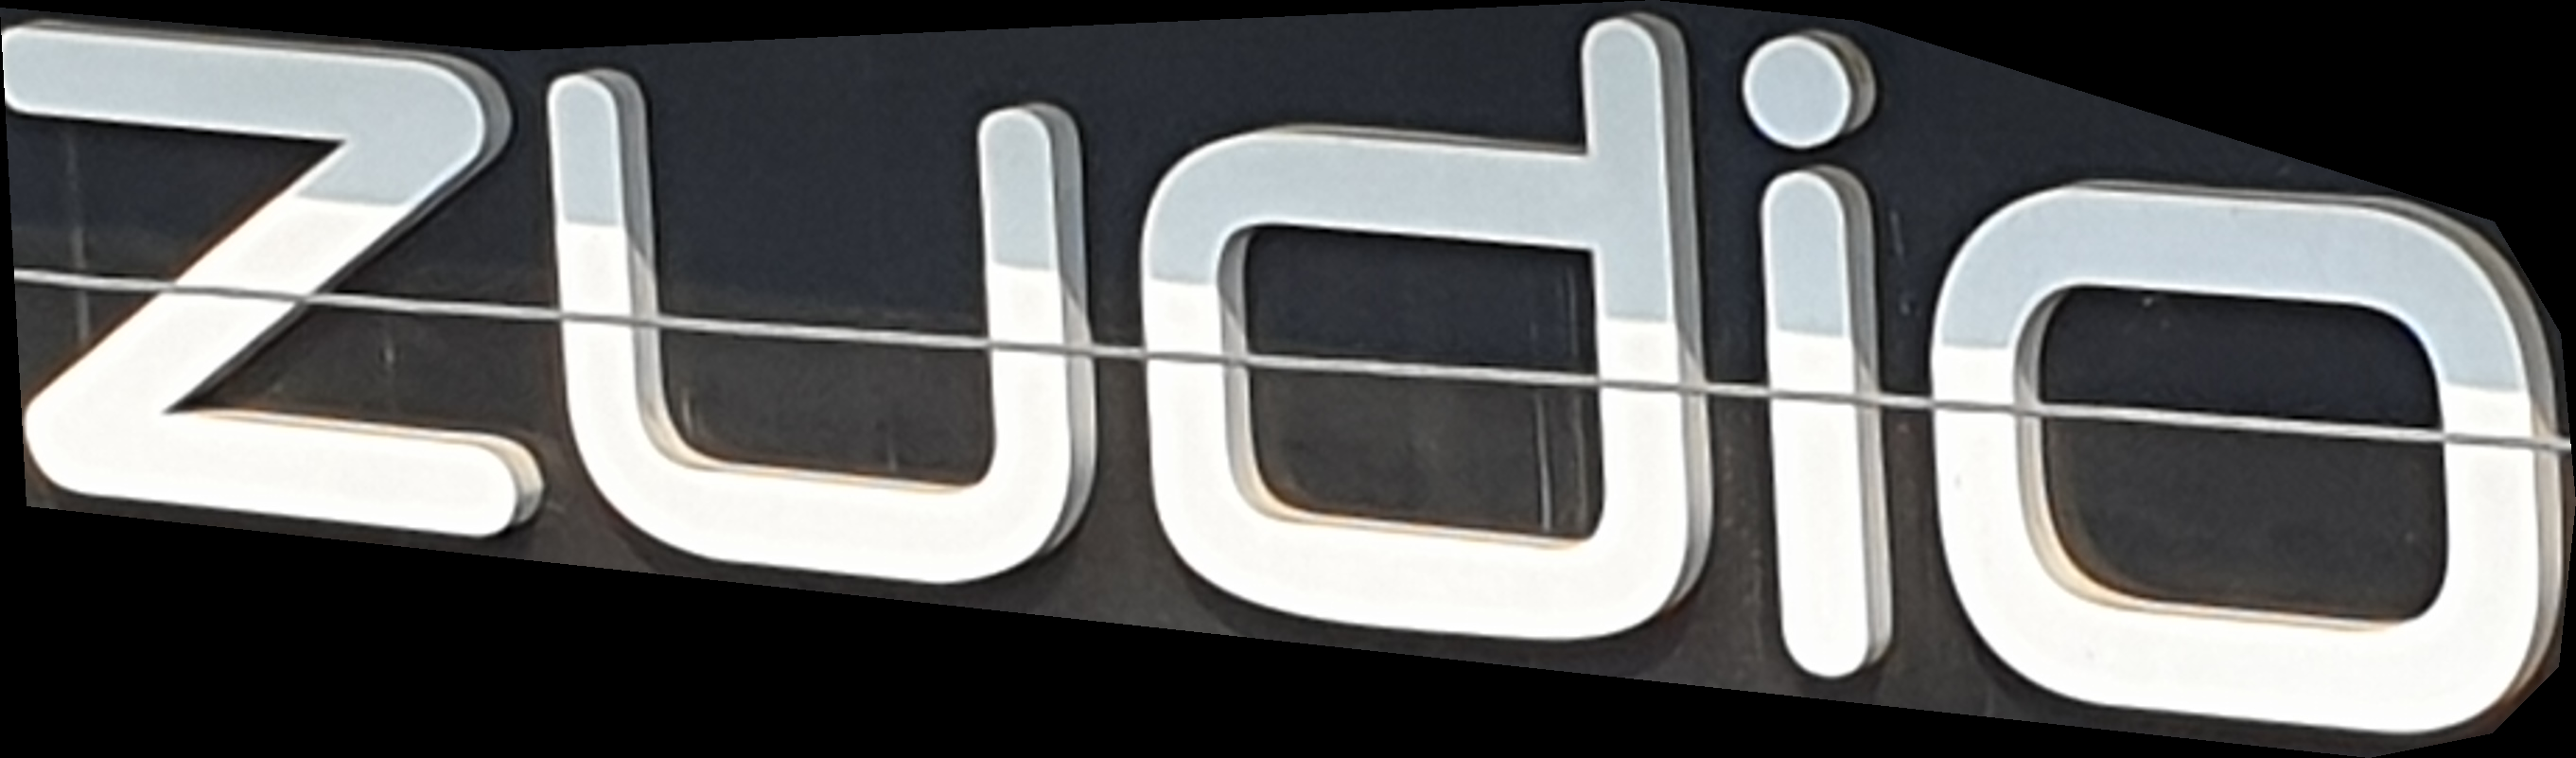
zudio